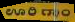
ಊರಿಗಂ